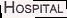
HOSPITAL